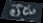
లేదు